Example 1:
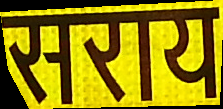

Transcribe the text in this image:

सराय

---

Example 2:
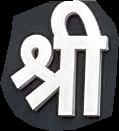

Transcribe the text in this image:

श्री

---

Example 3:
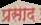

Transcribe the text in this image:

प्रसाद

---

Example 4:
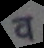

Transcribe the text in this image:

व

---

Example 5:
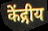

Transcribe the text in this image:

केंद्रीय